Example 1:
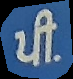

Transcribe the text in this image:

ਪੀ.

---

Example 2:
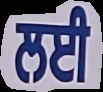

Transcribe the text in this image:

ਲਈ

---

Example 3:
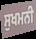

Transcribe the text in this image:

ਸੁਖਮਨੀ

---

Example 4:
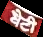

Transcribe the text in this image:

ਬੇਟੀ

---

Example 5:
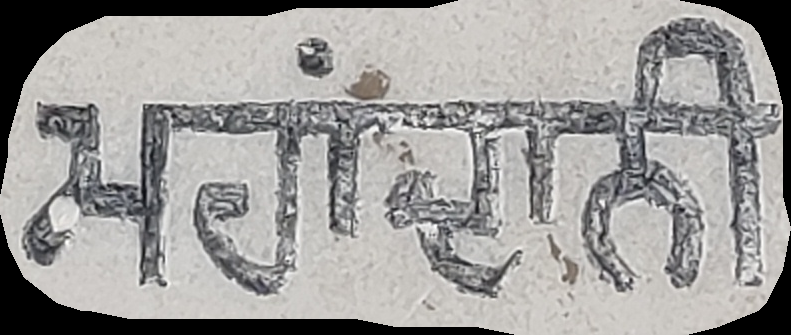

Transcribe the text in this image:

ਮਹਾਂਦਾਨੀ